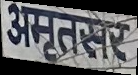
अमृतसर